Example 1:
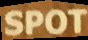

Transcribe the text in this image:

SPOT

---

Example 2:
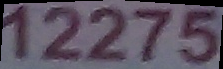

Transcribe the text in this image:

12275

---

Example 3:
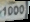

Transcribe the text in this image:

1000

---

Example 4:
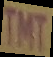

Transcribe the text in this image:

TMT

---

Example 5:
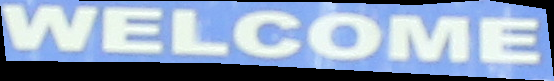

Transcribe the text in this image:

WELCOME